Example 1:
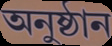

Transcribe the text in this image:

অনুষ্ঠান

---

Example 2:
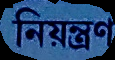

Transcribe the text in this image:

নিয়ন্ত্ৰণ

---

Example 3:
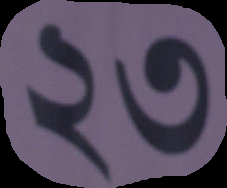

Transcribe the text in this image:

২৩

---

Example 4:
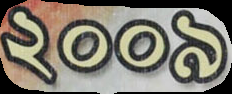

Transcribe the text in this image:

২০০৯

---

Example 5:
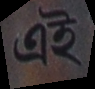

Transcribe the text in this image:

এই